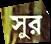
সুর